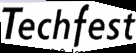
Techfest